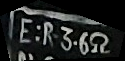
E:R-3.6Ω